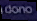
dono